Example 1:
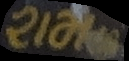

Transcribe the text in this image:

રામ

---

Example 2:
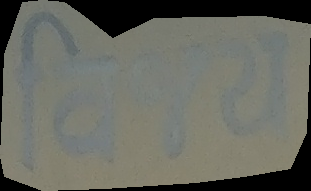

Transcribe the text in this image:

વિજય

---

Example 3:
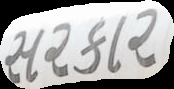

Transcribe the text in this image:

સરકાર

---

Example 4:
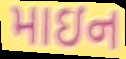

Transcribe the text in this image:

માઇન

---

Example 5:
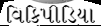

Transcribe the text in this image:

વિકિપીડિયા